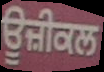
ਊਜ਼ੀਕਲ